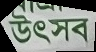
উৎসব